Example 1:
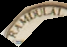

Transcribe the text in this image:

RAMDULAI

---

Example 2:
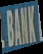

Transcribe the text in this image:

BANK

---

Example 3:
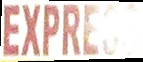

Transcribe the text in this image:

EXPRESS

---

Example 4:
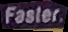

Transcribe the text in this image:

Faster.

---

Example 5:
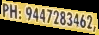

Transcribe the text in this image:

PH:9447283462,